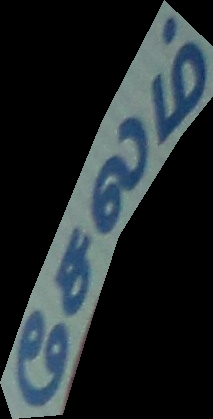
சேலம்